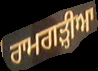
ਰਾਮਗੜ੍ਹੀਆ